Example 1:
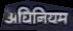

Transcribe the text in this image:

अधिनियम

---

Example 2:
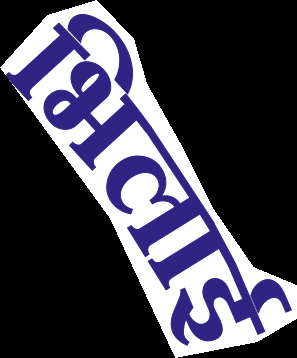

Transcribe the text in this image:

भिलाई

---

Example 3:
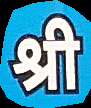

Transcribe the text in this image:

श्री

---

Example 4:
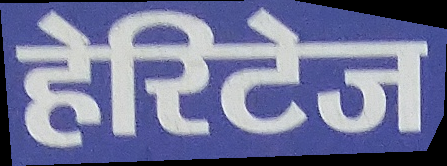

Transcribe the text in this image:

हेरिटेज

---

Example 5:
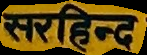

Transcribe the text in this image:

सरहिन्द